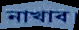
নাখাব